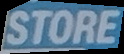
STORE